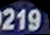
219